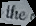
the